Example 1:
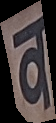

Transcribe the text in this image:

ਕ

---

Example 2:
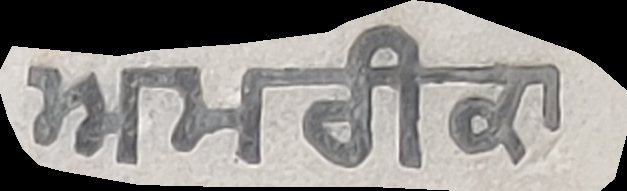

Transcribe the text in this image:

ਅਮਰੀਕਾ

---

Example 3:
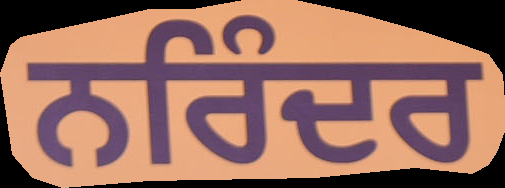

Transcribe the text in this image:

ਨਰਿੰਦਰ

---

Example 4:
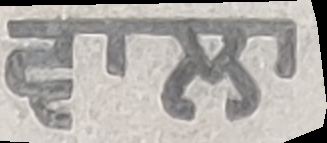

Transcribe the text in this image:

ਵਾਲਾ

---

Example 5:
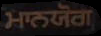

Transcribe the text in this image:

ਮਾਨਯੋਗ